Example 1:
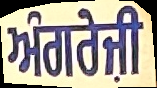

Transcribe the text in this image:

ਅੰਗਰੇਜ਼ੀ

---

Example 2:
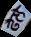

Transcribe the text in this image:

ਫੈਲੇ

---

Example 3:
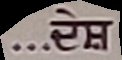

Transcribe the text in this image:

...ਦੇਸ਼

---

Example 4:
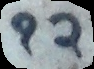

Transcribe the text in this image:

੧੨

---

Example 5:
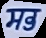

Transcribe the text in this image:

ਸਭ